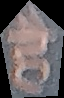
है